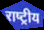
राष्ट्रीय